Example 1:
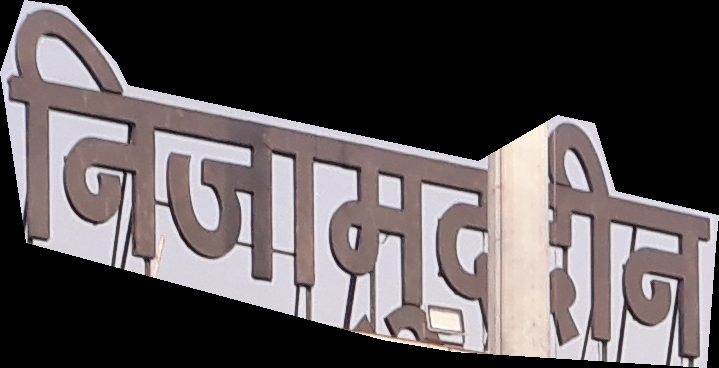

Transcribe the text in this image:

निजामुद्दीन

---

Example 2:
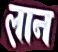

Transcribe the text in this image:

लान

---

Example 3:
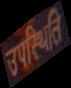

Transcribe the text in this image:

उपस्थिति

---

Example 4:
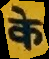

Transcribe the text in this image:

के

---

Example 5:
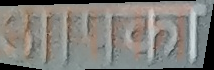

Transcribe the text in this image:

आपका